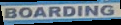
BOARDING